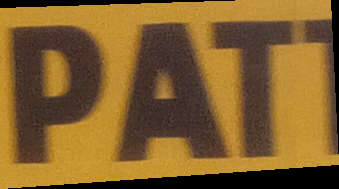
PATT